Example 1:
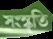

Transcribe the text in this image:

সংস্কৃতি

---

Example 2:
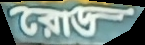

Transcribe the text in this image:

রোড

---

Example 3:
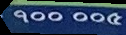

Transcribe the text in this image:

৭০০০০৫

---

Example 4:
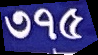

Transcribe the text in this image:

৩৭৫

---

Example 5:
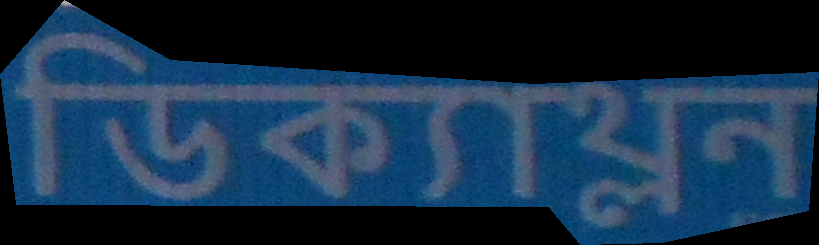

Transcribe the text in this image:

ডিক্যাঘ্লন